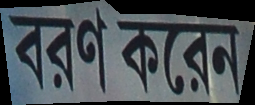
বরণ করেন